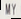
MY